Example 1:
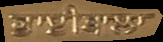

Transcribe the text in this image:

ਭਾਈਬਾਲਾ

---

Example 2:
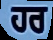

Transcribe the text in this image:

ਹਰ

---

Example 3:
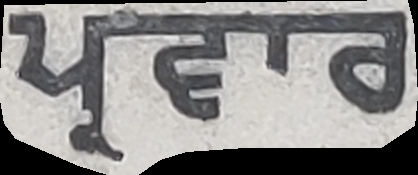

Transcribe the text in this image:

ਪ੍ਰਵਾਰ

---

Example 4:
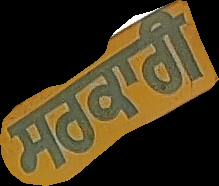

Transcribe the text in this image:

ਸਰਕਾਰੀ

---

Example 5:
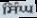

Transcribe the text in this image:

ਸਿੰਘ